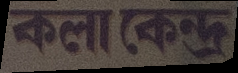
কলা কেন্দ্র